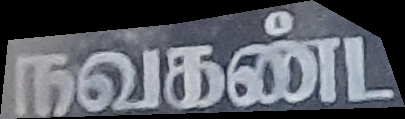
நவகண்ட